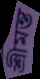
শ্রীমন্ত